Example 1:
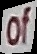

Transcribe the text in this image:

of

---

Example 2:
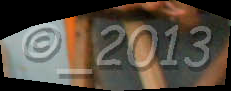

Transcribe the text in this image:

©_2013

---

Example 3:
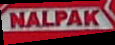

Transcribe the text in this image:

NALPAK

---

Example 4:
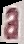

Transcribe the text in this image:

a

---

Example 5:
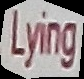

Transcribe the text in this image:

Lying